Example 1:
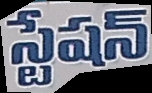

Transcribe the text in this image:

స్టేషన్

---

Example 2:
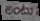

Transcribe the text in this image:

అంటు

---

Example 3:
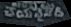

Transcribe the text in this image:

చేయపనాది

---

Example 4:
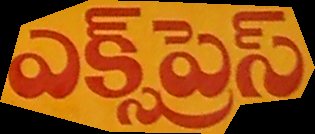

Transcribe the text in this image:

ఎక్సప్రస్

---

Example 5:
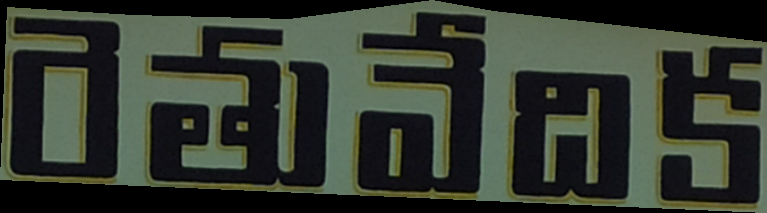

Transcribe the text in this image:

రెతువేదిక